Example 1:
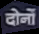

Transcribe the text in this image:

दोनों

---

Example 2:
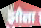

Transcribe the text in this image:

झीला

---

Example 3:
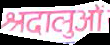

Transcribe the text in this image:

श्रदालुओं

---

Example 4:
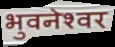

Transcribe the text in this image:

भुवनेश्वर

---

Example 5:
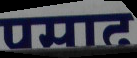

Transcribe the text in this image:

प्रसाद